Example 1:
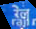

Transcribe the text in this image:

रेल rail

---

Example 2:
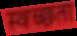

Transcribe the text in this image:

स्वच्छता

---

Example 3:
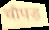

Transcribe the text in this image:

चौपड़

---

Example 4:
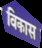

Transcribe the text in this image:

विकास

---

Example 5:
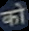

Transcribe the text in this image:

को